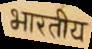
भारतीय